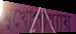
মুখোপাধ্যায়